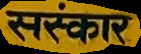
संस्कार